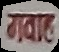
गवाह